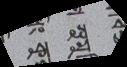
প্রবিণশ্য ণ সুমুতি রিধিং কুর